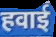
हवाई